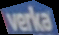
verka